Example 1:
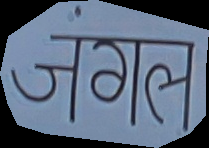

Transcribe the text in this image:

जंगल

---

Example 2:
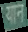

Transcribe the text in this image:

यान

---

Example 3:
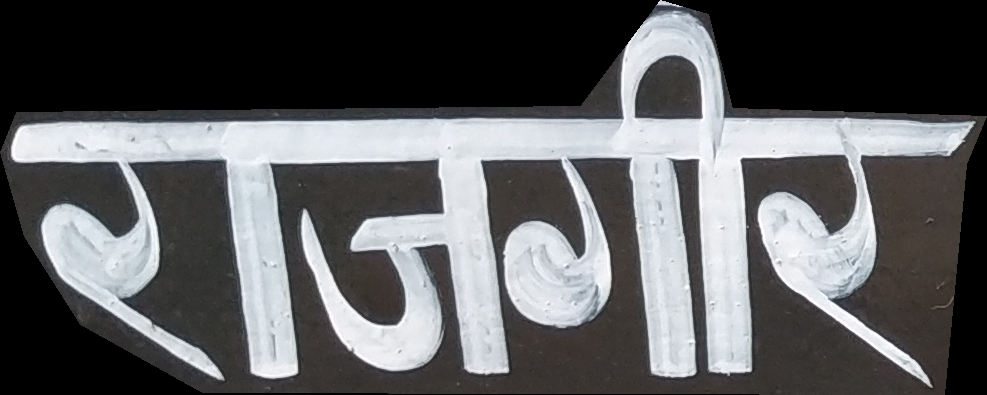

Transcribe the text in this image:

राजगीर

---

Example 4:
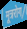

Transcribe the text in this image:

मूत्ररोग/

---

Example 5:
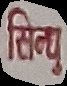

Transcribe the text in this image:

सिन्धु